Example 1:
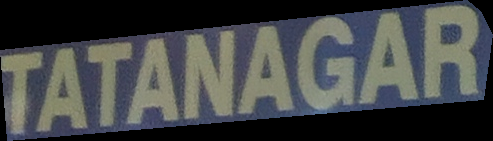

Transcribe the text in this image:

TATANAGAR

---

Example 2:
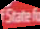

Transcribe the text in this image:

Statefo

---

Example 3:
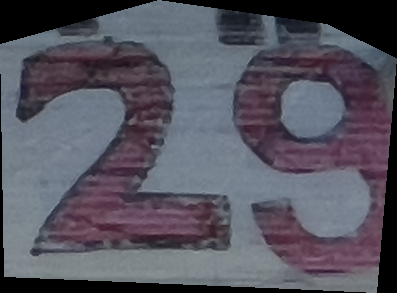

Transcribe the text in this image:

29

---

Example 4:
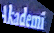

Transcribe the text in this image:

Akademi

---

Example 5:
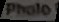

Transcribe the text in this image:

Photo